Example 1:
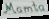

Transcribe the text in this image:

Mamta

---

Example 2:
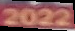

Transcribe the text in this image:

2022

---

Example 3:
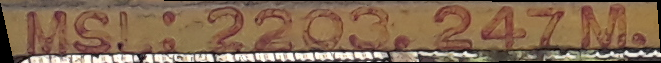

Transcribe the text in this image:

MSL:2203.247M.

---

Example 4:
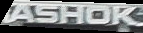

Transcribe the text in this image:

ASHOK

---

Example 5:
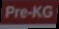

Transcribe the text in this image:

Pre-KG